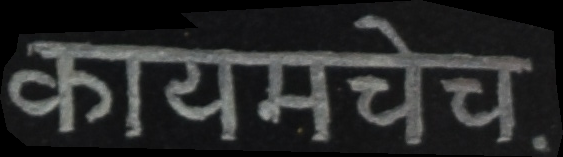
कायमचेच,